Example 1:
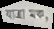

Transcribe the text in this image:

যাত্রা মঞ্চ,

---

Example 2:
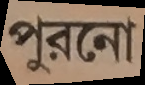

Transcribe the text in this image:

পুরনো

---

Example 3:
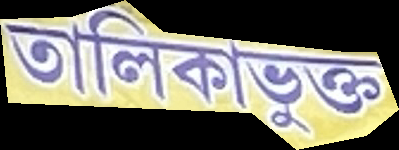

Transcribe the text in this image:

তালিক৷ভুক্ত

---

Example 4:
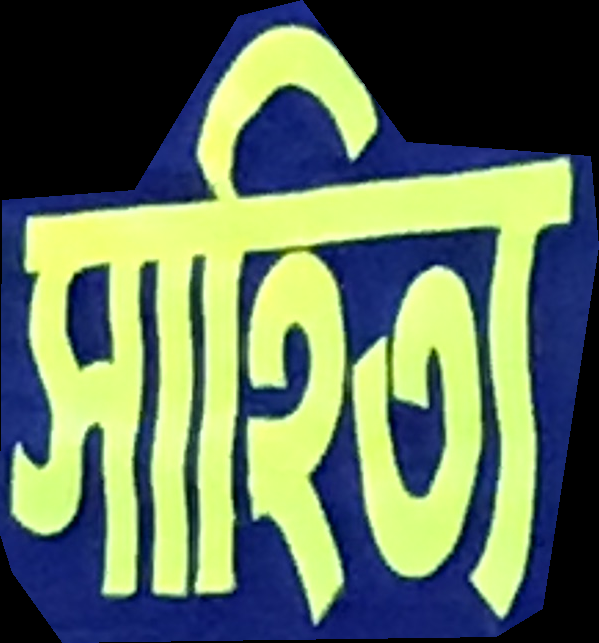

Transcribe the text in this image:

স৷হিত্য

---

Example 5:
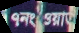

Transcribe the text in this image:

৭নং ওয়াজ